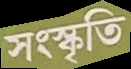
সংস্কৃতি